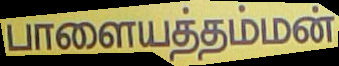
பாளையத்தம்மன்